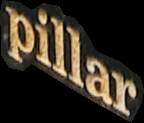
pillar